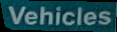
Vehicles